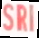
SRI